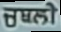
ਜੁਥਲਾੇ